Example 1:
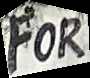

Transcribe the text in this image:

FOR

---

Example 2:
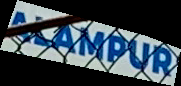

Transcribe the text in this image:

ALAMPUR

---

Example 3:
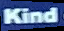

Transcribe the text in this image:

Kind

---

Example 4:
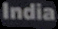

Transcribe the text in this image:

India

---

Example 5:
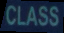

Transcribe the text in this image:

CLASS